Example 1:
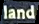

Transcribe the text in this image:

land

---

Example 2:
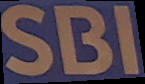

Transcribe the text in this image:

SBI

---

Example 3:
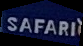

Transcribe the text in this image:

SAFARI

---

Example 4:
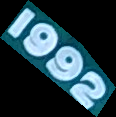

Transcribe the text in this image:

1992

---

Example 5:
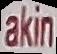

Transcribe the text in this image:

akin